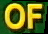
OF